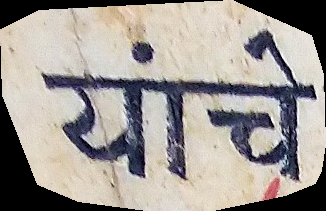
यांचे